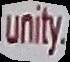
unity.